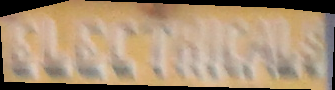
ELECTRICALS